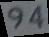
94